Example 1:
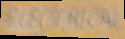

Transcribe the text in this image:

electrical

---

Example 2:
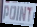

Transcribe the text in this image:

POINT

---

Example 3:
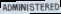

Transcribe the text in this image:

ADMINISTERED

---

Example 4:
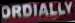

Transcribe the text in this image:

ORDIALLY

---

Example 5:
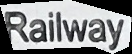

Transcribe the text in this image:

Railway